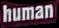
human